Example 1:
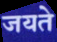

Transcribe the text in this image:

जयते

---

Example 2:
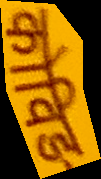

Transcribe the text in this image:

कोविड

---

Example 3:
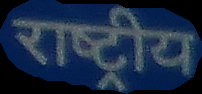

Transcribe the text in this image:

राष्ट्रीय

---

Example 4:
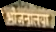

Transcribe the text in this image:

भोजनालया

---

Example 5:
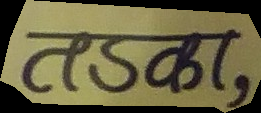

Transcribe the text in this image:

तडका,